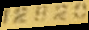
12820